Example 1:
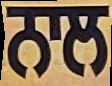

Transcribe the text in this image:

ਨਾਲ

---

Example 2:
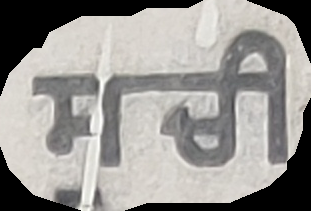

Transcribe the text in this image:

ਸਚੀ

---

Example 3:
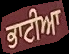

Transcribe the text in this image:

ਭਾਟੀਆ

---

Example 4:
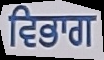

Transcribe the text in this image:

ਵਿਭਾਗ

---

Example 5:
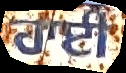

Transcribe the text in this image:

ਹਾਈ